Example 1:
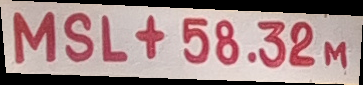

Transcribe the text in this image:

MSL+58.32M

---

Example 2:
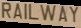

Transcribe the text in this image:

RAILWAY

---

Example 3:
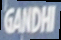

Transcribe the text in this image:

GANDHI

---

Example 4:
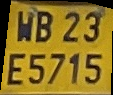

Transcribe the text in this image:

WB 23 E5715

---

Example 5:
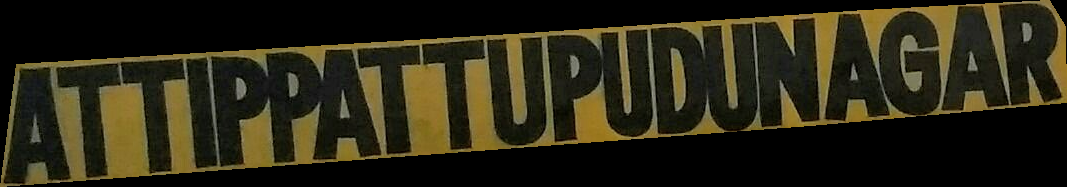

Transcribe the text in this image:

ATTIPPATTUPUDUNAGAR